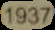
1937